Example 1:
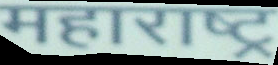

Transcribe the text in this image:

महाराष्‍ट्र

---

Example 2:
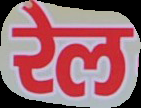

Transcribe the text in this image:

रेल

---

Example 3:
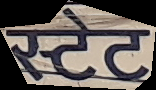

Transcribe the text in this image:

स्टेट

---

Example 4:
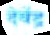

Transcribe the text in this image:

देवेंद्र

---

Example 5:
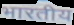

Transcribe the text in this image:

भारतीय